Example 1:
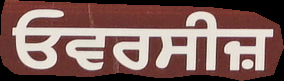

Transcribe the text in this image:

ਓਵਰਸੀਜ਼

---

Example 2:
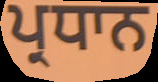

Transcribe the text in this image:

ਪ੍ਰਧਾਨ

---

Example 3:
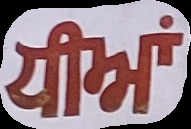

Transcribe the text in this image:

ਧੀਆਂ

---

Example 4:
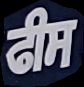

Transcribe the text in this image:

ਫੀਸ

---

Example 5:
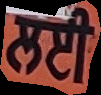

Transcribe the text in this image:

ਲਈ